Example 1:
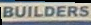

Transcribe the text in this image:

BUILDERS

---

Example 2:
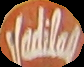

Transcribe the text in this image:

Vadilal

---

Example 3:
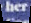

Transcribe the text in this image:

her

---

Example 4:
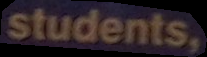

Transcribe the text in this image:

students,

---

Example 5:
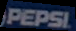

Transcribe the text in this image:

PEPSI.